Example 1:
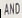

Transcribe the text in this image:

AND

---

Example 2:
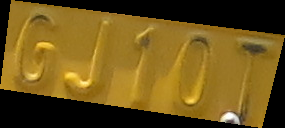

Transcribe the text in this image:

GJ107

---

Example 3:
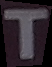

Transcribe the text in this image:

T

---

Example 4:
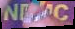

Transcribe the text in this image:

NDMC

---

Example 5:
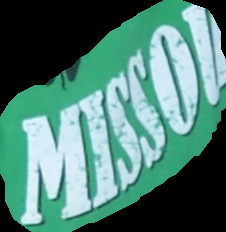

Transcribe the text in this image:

MISSOU